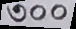
৩০০